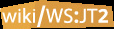
wiki/WS:JT2